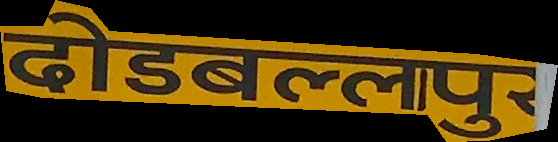
दोडबल्लापुर